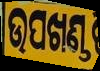
ଉପଖଣ୍ଡ